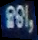
ଛତା,